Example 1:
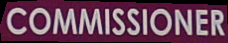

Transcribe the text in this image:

COMMISSIONER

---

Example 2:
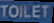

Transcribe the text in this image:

TOILET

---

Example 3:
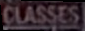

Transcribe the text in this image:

CLASSES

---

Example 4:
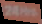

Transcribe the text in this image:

24Hrs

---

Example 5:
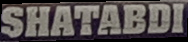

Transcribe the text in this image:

SHATABDI